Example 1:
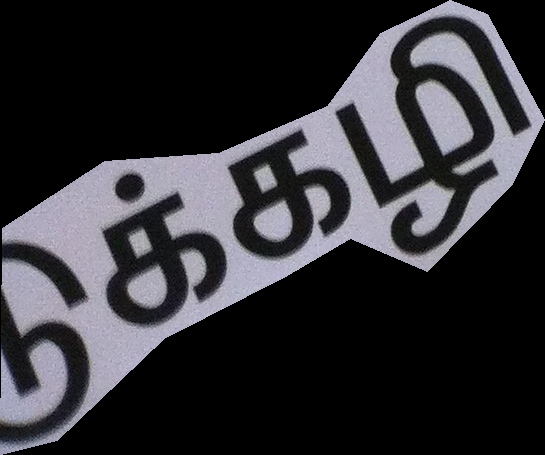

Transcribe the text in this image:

டுக்கழி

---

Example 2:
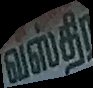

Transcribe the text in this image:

வஸ்சி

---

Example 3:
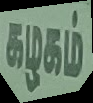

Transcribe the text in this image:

கழகம்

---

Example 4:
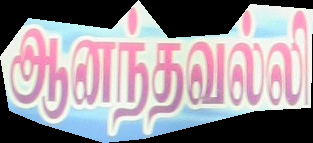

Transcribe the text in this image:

ஆனந்தவல்லி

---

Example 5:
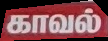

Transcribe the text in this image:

காவல்